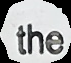
the